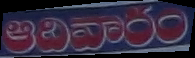
ఆదివారం